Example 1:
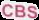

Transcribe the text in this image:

CBS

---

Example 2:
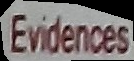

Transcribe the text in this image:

Evidences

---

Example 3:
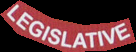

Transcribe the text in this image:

LEGISLATIVE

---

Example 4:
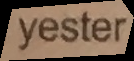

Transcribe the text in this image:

yester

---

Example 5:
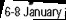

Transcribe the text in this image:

6-8January